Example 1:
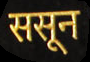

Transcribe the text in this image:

ससून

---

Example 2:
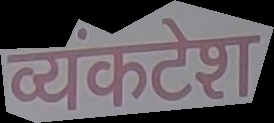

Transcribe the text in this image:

व्यंकटेश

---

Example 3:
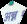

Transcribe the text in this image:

अन्न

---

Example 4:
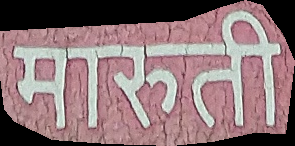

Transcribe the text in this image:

मारुती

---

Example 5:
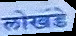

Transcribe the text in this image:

लोखंडे